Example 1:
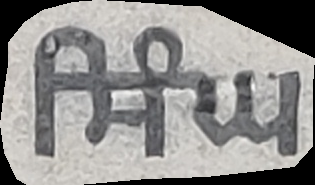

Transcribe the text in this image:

ਸਿੰਘ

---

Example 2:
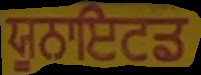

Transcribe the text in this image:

ਯੂਨਾਇਟਡ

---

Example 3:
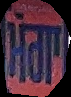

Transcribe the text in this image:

ਮਗਾ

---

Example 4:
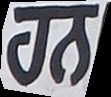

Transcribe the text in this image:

ਹਨ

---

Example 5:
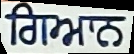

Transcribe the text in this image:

ਗਿਆਨ